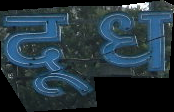
दूध